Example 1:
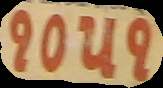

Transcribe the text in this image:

૧૦પ૧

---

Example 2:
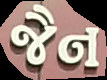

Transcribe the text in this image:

જૈન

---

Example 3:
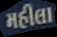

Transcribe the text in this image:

મહીલા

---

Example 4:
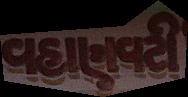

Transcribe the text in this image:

વહાણવટી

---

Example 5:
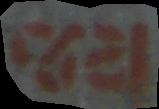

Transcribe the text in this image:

જય